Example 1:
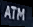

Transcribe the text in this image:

ATM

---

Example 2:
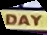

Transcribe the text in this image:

DAY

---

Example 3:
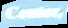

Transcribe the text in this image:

Center,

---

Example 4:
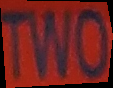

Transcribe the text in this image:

TWO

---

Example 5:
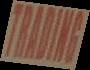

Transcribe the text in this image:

TRADING